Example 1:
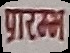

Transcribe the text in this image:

प्रारम्भ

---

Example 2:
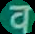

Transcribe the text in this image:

व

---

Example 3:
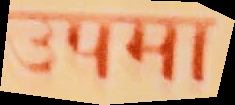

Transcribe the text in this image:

उपमा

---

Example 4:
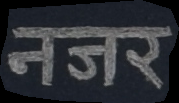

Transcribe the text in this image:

नजर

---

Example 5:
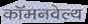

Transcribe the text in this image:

कॉमनवेल्थ